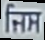
ਜਿਸ